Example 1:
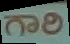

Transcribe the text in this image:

గారి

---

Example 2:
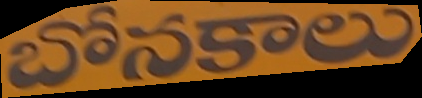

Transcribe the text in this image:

బోనకాలు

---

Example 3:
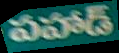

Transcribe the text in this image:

పహాడ్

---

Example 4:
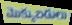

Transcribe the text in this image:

మొక్కుబడులు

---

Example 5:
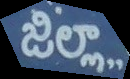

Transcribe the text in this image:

జిల్ల,,